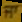
ਜਾ